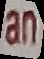
an